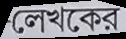
লেখকের